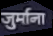
जुर्माना